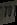
TO